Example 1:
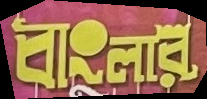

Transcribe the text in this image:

বাংলার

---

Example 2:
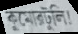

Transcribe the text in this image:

কুমোরটুলি !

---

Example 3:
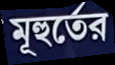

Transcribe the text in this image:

মূহুর্তের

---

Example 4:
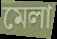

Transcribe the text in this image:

মেলা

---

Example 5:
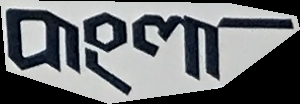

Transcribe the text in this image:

বাংলা